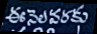
ఈసెలవరకు